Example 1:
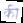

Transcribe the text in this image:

की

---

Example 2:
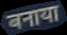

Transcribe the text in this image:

बनाया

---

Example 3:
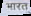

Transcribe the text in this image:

भारत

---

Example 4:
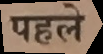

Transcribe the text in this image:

पहले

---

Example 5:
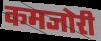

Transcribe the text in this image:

कमजोरी